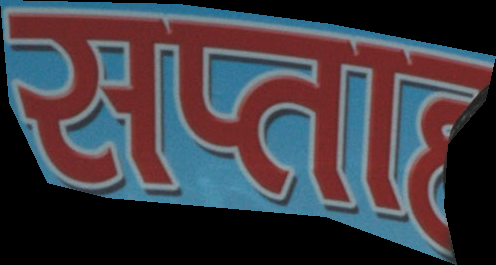
सप्ता